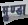
मुण्डा